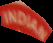
INDIAN